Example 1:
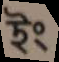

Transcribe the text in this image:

ইং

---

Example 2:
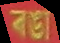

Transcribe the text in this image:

ৰঙা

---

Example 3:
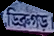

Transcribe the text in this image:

ডিব্ৰুগড়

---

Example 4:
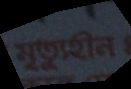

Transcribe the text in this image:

মৃত্যুহীন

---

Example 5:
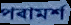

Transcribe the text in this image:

পৰামর্শ